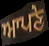
ਆਪਣੇ